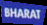
BHARAT